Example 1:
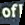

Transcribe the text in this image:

ofl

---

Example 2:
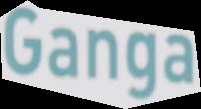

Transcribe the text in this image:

Ganga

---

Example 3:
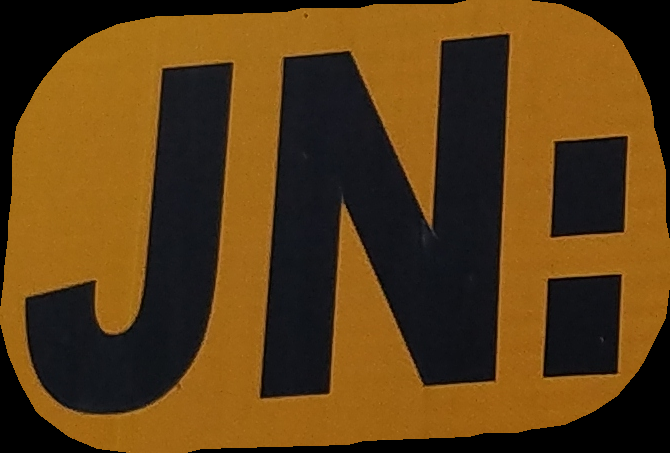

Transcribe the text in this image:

JN:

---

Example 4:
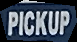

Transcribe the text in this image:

PICKUP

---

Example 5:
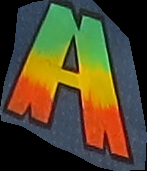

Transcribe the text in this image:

A